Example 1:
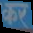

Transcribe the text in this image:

कर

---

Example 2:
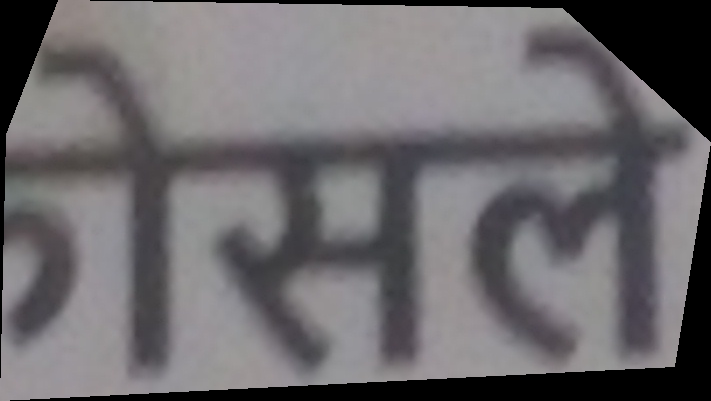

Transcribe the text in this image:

कोसले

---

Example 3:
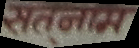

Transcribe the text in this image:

सत्‌नाम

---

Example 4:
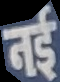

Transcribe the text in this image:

नई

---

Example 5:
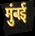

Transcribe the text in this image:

मुंंबई